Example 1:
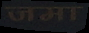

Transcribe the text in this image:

जमा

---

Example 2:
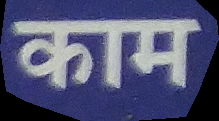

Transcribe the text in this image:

काम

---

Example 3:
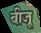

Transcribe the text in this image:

वीजू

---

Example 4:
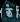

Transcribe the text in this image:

के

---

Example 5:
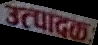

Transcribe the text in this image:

उत्पादक